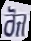
ਰੋਜ